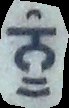
ਨੂੰ